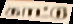
காட்டு